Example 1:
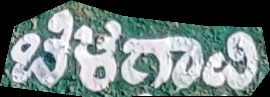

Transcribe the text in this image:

ಬೆಳಗಾವಿ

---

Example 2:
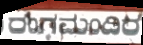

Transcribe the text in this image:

ರಾಗಮಂಡಿದ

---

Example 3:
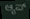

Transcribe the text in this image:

ಆ್ಯಪ್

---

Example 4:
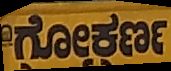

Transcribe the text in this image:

ಗೋಕರ್ಣ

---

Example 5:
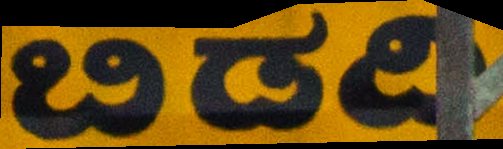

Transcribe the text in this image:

ೞಡದಿ